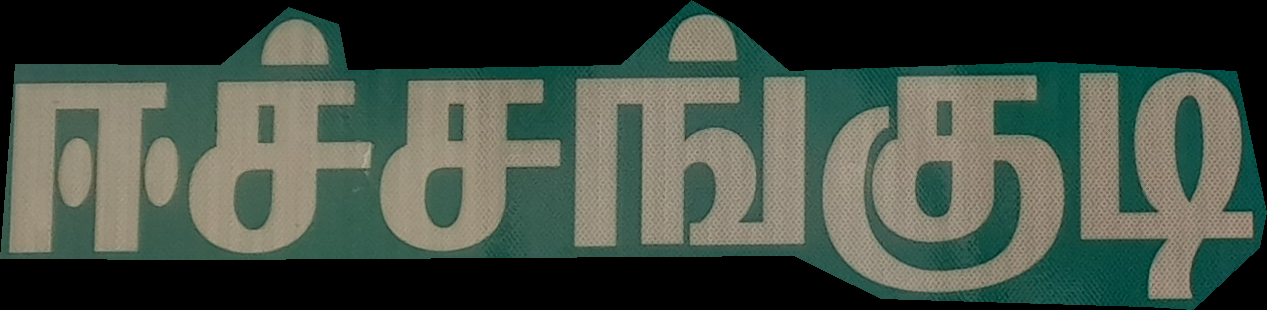
ஈச்சங்குடி